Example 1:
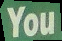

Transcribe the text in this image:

You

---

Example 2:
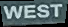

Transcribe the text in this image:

WEST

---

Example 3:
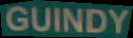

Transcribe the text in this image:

GUINDY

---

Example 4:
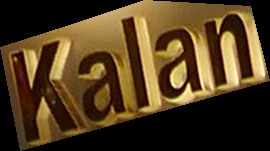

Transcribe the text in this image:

Kalan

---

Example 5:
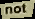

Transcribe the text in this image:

not